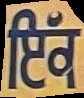
ਇੱਕ